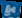
ಶ್ರೀ